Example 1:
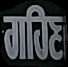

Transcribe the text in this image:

ਗਹਿਣ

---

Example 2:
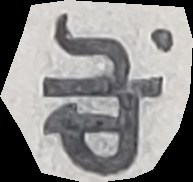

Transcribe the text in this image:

ਚੋਂ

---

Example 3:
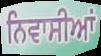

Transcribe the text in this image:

ਨਿਵਾਸੀਆਂ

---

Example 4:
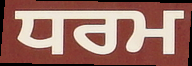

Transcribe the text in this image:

ਧਰਮ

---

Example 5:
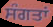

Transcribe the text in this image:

ਸੰਗਤਾਂ